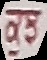
ਕੁਤ